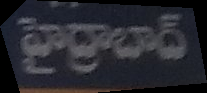
హైద్రాహద్